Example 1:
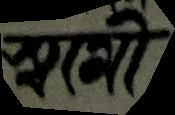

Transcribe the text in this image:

স্বামী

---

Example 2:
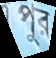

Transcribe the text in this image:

পুর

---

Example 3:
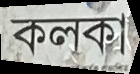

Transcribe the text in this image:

কলকা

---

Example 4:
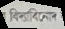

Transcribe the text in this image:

বিদ্যাবিনোদ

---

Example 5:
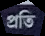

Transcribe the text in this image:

প্রতি